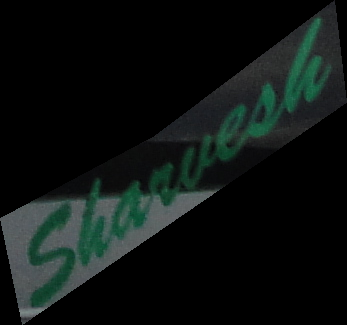
Sharvesh